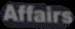
Affairs